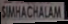
SIMHACHALAM